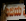
ಏಜಯ